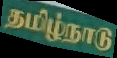
தமிழ்நாடு